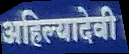
अहिल्यादेवी